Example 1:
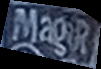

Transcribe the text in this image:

MagaR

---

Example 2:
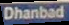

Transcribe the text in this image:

Dhanbad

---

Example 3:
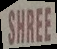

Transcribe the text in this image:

SHREE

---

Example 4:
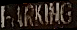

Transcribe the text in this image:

PARKING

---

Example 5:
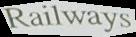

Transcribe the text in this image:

Railways